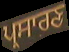
ਪ੍ਰਸਾਰਣ